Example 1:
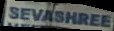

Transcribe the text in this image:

SEVASHREE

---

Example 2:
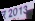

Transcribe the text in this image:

2013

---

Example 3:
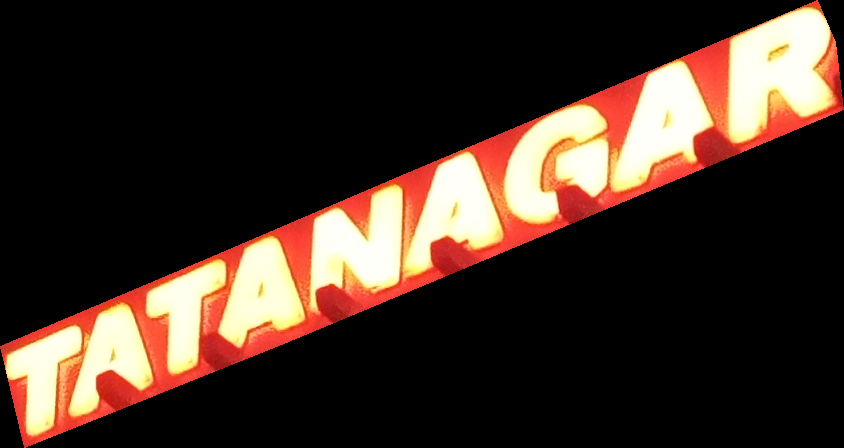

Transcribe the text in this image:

TATANAGAR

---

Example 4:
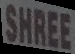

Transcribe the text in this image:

SHREE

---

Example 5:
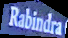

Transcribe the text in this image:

Rabindra